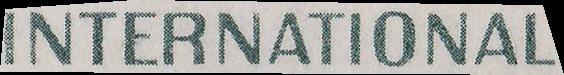
INTERNATIONAL